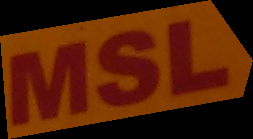
MSL